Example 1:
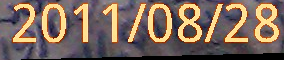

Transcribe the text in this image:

2011/08/28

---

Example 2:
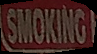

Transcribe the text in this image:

SMOKING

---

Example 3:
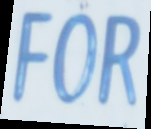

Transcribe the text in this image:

FOR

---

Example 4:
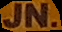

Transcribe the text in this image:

JN.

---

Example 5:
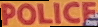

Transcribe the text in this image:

POLICE